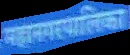
महानगरपालिका